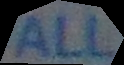
ALL